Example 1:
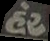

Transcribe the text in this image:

હરે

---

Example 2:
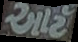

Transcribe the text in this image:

આટે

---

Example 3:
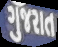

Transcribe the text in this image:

ગુજરાત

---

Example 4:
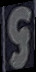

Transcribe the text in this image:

૬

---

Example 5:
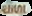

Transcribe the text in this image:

શાળા